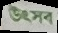
উৎসব